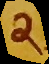
੨